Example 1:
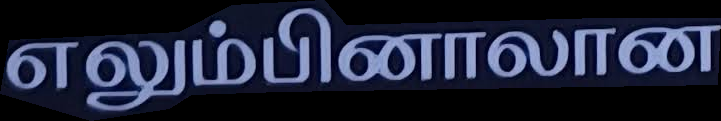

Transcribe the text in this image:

எலும்பினாலான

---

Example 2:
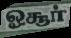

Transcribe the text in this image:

ஓசூர்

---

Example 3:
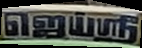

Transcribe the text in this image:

ஜெய்ஸ்ரீ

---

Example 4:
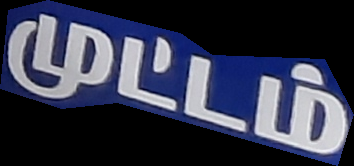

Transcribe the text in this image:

முட்டம்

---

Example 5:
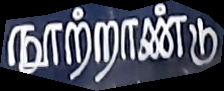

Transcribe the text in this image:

நூற்றாண்டு